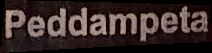
Peddampeta